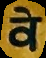
ਕੇ